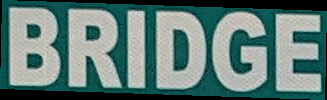
BRIDGE